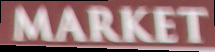
MARKET